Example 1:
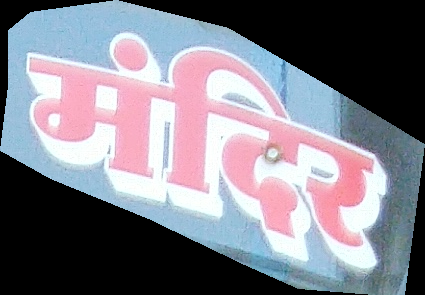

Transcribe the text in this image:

मंदिर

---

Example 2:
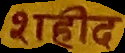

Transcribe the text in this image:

शहीद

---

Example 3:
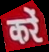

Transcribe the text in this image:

करें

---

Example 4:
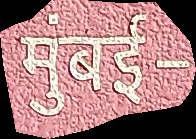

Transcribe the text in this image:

मुंबई-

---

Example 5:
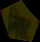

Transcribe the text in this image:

गिफ्ट